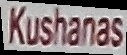
Kushanas